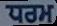
ਧਰਮ